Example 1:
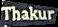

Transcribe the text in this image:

Thakur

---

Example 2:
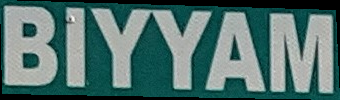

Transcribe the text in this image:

BIYYAM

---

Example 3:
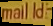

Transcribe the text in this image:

mailld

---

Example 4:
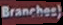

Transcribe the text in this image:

Branches)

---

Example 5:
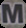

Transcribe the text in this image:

M